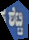
ಶೆಟ್ಟಿ